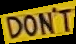
DON